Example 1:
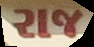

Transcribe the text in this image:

રાજ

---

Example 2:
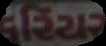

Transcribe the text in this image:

કુરિયર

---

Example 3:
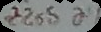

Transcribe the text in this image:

સ્ટેન્ડ મ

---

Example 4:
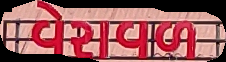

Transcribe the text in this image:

વેરાવળ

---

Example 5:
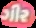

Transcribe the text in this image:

ગીર